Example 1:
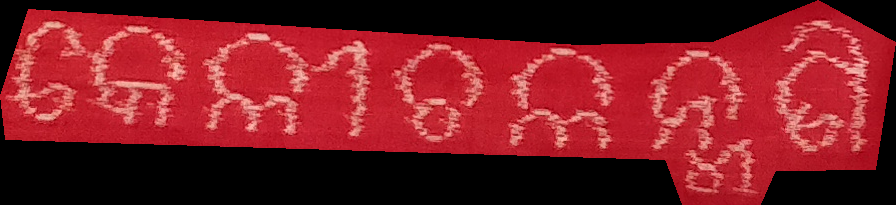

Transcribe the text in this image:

କେନ୍ଦୀଚଳନ୍ତ୍ରିତି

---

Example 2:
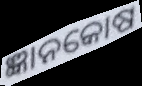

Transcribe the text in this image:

ଜ୍ଞାନକୋଷ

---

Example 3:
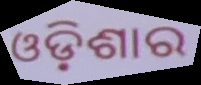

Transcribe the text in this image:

ଓଡ଼ିଶାର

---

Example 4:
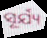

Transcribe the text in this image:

ସୂର୍ଯ୍ୟ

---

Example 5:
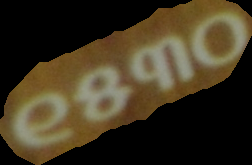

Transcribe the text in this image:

୧୫୩୦